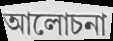
আলোচনা